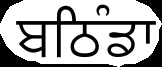
ਬਠਿੰਡਾ